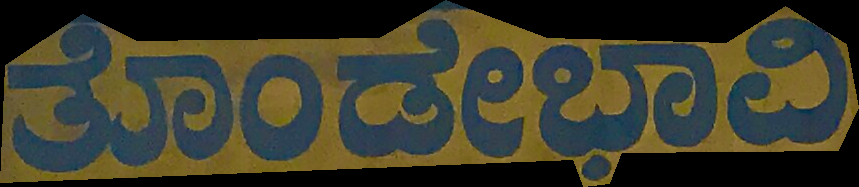
ತೊಂಡೇಭಾವಿ